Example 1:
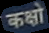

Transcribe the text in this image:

कक्षो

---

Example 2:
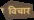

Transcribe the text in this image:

विचार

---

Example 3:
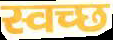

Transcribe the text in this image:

स्वच्छ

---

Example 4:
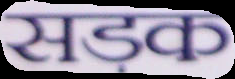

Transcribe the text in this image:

सड़क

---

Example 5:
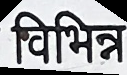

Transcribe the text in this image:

विभिन्न